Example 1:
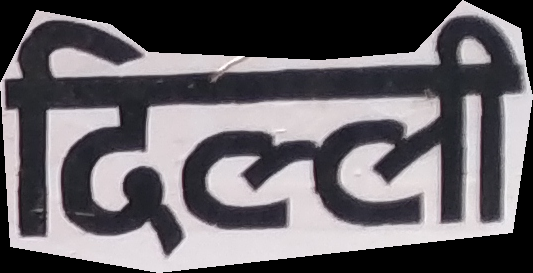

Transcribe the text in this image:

दिल्ली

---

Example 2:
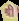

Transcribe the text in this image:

श्री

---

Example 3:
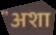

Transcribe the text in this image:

अशा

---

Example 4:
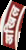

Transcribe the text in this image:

अखिल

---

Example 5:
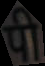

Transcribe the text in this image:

पी